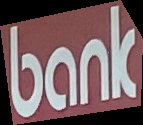
bank